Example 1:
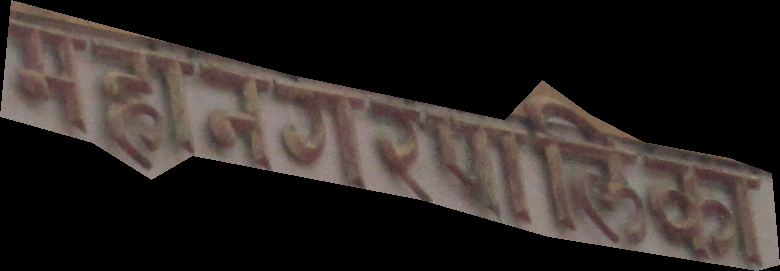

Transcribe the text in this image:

महानगरपालिका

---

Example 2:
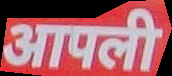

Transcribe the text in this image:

आपली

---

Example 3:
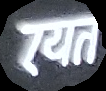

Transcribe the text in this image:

रयत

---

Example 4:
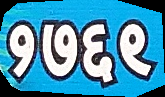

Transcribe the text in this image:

१७६९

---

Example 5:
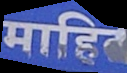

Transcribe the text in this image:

माहिती